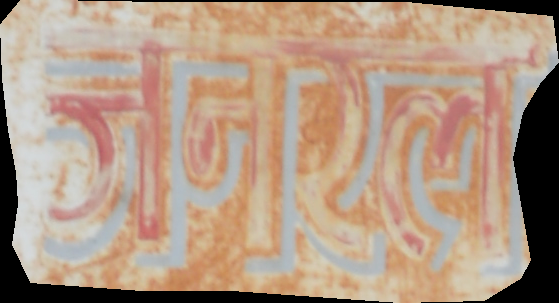
जनरल